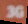
3G